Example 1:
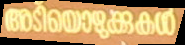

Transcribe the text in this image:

അടിയൊഴുക്കുകൾ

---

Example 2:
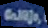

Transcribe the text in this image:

പേരും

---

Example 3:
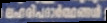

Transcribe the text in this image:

മഹരിപദാർത്ഥങ്ങൾ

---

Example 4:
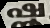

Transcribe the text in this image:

ഷ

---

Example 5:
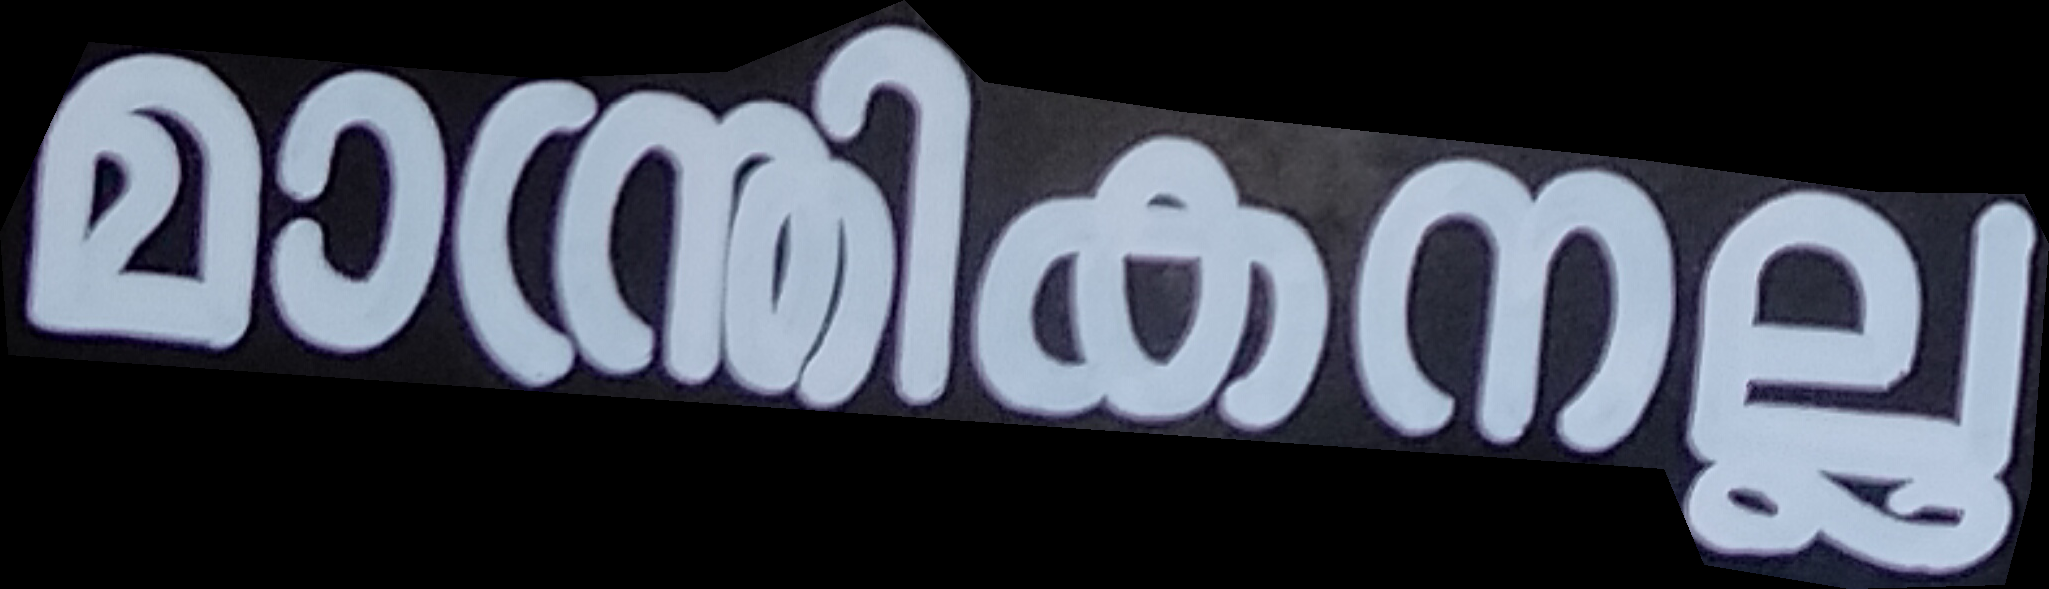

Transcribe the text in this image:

മാഗ്നികനല്ല